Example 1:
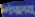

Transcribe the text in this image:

मंत्रालय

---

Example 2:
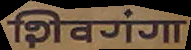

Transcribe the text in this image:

शिवगंगा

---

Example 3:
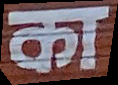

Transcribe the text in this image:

का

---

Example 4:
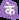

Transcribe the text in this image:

के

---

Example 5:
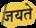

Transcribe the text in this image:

जयते